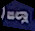
ಜಿಲ್ಲಾ